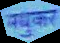
मधुकर